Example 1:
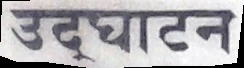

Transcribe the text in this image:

उद्‌घाटन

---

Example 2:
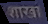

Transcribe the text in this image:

शाखा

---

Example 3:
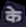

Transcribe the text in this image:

के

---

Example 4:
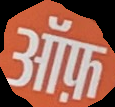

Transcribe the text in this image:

ऑफ़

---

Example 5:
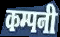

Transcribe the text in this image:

कम्पनी